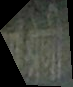
श्रेणी